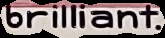
brilliant.